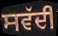
ਸਵੱਦੀ